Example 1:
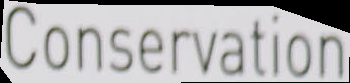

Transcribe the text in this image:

Conservation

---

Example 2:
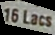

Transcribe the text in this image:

16Lacs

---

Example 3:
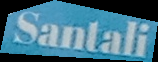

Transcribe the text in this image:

Santali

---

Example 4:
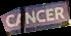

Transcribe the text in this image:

CANCER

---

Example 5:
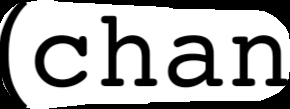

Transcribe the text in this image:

chan